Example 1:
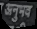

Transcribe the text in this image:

अनुभव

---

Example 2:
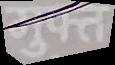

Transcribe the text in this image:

मुफ्त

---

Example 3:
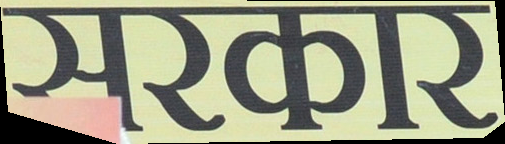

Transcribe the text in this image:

सरकार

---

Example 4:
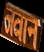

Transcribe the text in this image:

जवान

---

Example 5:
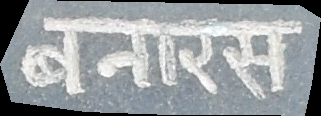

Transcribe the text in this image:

बनारस